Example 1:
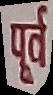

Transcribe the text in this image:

पूर्व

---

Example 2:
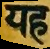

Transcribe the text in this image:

यह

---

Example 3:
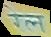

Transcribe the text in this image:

रेल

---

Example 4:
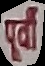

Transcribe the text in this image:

पूर्वी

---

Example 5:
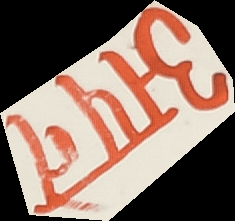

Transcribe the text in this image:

अपने